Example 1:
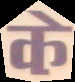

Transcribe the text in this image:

कॆ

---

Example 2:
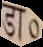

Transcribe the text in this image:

डा॰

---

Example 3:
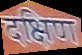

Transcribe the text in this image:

दक्षिण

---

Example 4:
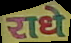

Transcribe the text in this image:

राधे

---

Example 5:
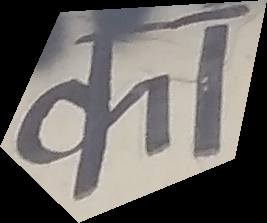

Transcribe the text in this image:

का